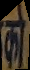
को